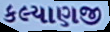
કલ્યાણજી